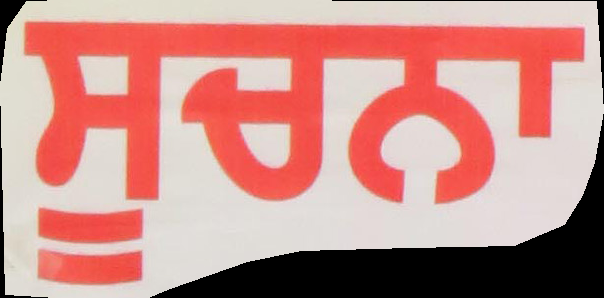
ਸੂਚਨਾ